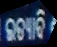
ଇତ୍ୟାଦି